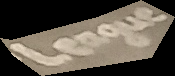
League